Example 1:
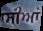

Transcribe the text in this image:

ਸੀਆਂ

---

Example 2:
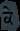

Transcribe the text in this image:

ਕੇ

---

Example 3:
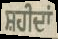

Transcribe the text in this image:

ਸ਼ਹੀਦਾਂ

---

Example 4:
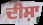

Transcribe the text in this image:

ਦੀਸ਼ਾ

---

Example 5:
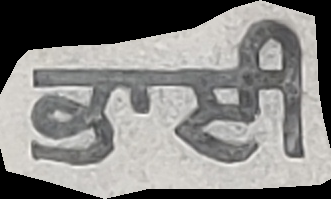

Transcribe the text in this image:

ਭਾਈ